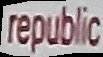
republic